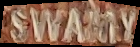
SWAMY